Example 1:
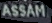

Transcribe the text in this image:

ASSAM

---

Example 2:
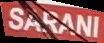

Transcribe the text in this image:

SARANI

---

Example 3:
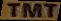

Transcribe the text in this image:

TMT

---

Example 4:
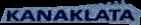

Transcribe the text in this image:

KANAKLATA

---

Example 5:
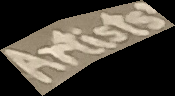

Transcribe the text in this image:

Artists